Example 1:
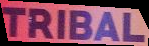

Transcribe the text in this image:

TRIBAL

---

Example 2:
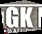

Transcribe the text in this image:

GK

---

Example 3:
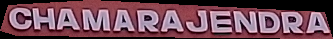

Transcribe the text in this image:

CHAMARAJENDRA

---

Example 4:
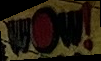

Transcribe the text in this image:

WOW!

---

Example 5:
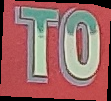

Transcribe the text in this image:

TO